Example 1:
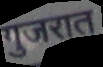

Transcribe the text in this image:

गुजरात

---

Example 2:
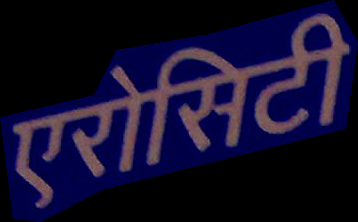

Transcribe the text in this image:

एरोसिटी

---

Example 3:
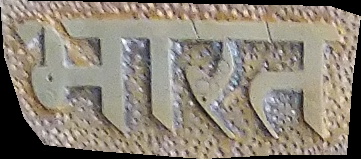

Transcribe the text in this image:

भारत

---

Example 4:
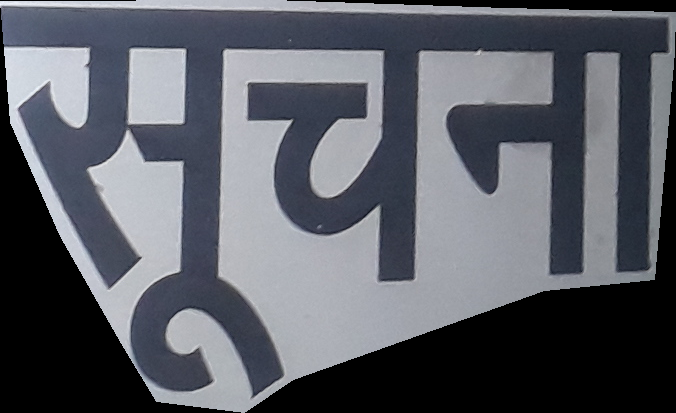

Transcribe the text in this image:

सूचना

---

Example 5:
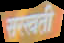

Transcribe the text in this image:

सरस्वती